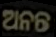
ଅନନ୍ତ